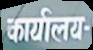
कार्यालय -